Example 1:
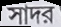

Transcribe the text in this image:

সাদর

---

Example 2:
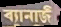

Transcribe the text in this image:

ব্যানার্জ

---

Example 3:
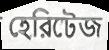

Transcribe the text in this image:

হেরিটেজ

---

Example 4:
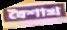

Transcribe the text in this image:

বৈশাখ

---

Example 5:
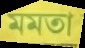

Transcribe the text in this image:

মমতা